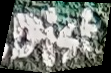
Dist